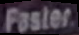
Faster.